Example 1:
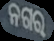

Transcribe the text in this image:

ନଗର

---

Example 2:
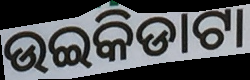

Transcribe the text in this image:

ଉଇକିଡାଟା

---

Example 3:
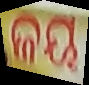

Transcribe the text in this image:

ଳୟ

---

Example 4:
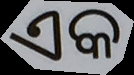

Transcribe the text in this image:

ଏକ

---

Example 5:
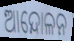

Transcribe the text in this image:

ଆନ୍ଦୋଳନ